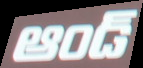
ఆండ్